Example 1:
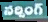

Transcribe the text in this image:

నర్సింగ్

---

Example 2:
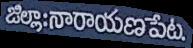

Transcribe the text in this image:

జిల్లా:నారాయణపేట,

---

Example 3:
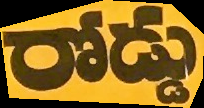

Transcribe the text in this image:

రోడ్డు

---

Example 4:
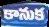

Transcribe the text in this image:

కామక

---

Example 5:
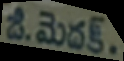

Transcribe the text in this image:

జి. మెదక్.